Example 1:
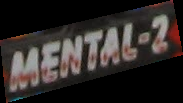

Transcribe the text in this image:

MENTAL-2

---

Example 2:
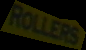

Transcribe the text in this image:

ROLLERS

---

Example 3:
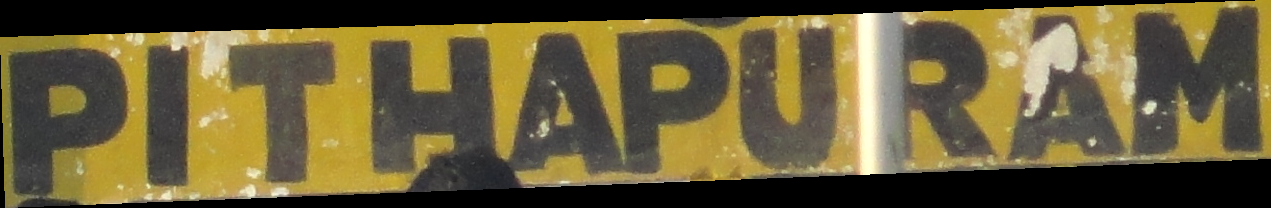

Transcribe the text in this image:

PITHAPURAM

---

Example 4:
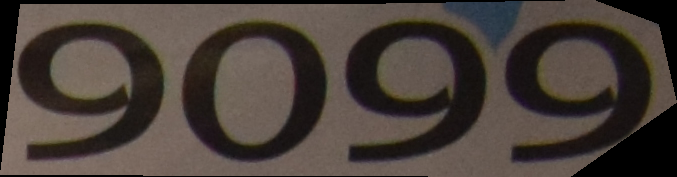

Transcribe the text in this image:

9099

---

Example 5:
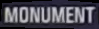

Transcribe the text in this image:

MONUMENT